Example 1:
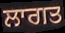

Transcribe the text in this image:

ਲਾਗਤ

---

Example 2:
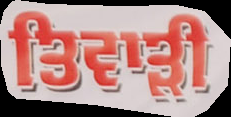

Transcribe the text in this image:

ਤਿਵਾੜੀ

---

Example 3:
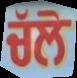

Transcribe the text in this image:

ਚੱਲੇ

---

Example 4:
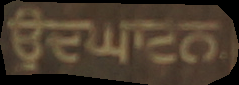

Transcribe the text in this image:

ਉਦਘਾਟਨ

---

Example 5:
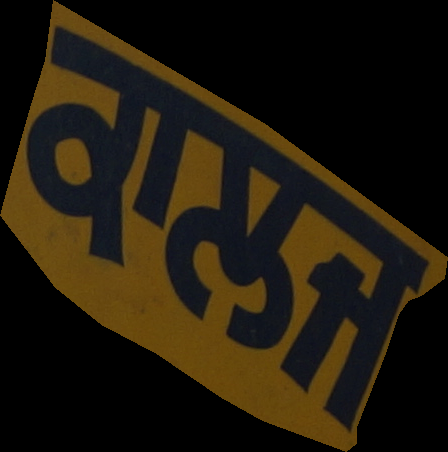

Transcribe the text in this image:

ਕਾਲਜ